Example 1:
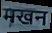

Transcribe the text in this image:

मखन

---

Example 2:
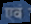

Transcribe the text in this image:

एवं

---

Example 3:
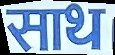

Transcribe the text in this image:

साथ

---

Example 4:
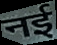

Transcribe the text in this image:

नई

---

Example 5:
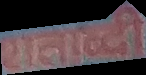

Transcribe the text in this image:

शताब्दी